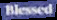
Blessed